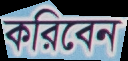
করিবেন